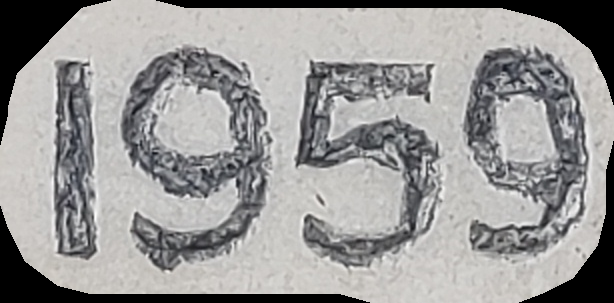
1959